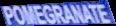
POMEGRANATE